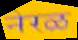
नेरळ